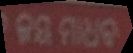
ଜୟ ମାଧବ